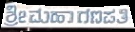
ಶ್ರೀ ಮಹಾಗಣಪತಿ